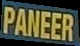
PANEER